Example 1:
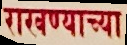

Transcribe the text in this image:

राखण्याच्या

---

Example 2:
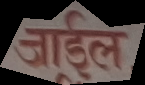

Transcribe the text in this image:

जाईल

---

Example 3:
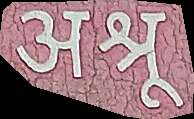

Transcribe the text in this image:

अश्रू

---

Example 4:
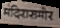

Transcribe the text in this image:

मंदिरासमोर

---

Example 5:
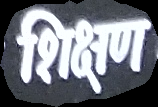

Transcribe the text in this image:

शिक्षण